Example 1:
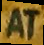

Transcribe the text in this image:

AT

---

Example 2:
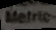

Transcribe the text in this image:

Metric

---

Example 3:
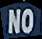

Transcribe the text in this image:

NO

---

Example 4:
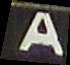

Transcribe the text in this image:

A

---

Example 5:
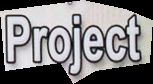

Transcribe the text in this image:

Project